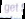
get